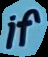
if